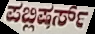
ಪಬ್ಲಷರ್ಸ್